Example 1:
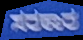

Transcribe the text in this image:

ಸರಕಾರ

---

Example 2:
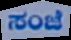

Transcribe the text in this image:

ಸಂಜೆ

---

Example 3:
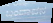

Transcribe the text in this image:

ಬಂದಾವನ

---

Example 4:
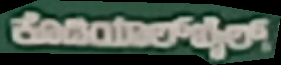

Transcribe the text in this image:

ಕೊಡಿಯಾಲ್‌ ಬೈಲ್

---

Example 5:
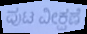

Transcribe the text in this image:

ಪುಟವೀಕ್ಷಣೆ